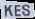
KES